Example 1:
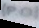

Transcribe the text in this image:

(P.0)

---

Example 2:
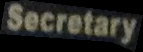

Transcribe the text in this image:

Secretary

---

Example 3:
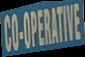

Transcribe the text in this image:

CO-OPERATIVE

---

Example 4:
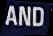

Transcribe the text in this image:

AND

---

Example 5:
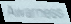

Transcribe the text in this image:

Awarness